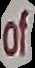
of